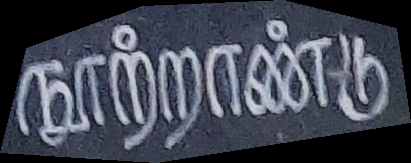
நூற்றாண்டு